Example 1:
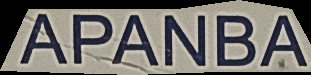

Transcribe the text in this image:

APANBA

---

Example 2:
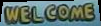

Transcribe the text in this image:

WELCOME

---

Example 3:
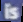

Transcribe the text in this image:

is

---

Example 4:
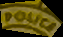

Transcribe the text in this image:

POLICE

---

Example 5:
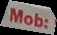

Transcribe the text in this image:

Mob: